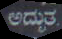
ಅದ್ಳುತ